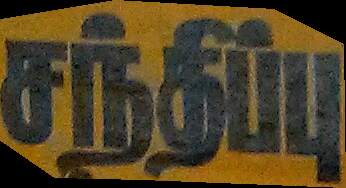
சந்திப்பு